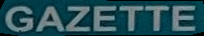
GAZETTE